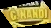
G-NANDI